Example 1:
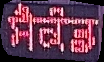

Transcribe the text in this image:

ਸੈਕੰਡ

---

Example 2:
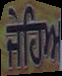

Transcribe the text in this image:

ਜੇਹਿਅ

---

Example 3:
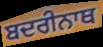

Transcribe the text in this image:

ਬਦਰੀਨਾਥ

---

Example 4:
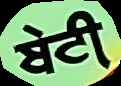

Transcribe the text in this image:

ਬੇਟੀ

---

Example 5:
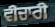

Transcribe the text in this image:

ਵੀਚਾਰੀ